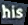
his